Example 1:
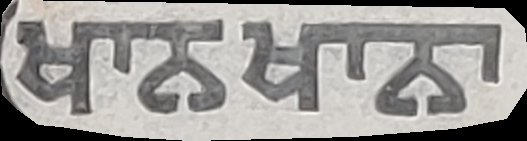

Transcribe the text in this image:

ਖਾਨਖਾਨਾ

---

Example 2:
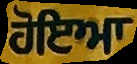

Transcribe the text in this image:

ਹੋਇਆ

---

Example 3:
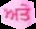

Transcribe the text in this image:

ਅਤੇ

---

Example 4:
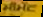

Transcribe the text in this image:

ਸੀਮੇਂਟ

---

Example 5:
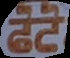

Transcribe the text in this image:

ਫੇਟੇ